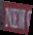
NEW